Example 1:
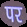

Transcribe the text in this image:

पर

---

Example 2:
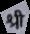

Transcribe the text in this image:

श्री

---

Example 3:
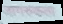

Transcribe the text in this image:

जागरुकता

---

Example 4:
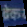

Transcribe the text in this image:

ब्रेकर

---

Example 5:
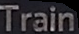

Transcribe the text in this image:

।।३।।